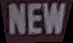
NEW